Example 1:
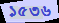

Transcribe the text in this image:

১৫৩৬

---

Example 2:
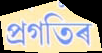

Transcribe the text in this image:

প্ৰগতিৰ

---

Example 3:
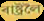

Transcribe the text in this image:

বাষ্ট্রলৈ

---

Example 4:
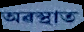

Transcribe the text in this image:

অৱস্থাত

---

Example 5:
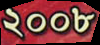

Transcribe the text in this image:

২০০৮